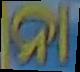
ନା